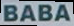
BABA